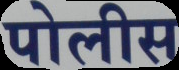
पोलीस